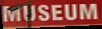
MUSEUM